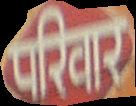
परिवार